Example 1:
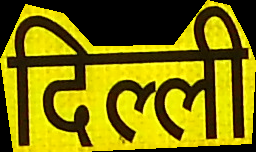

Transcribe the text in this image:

दिल्ली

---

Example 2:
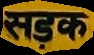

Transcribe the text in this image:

सड़क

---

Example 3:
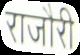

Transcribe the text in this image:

राजौरी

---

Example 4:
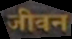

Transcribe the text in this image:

जीवन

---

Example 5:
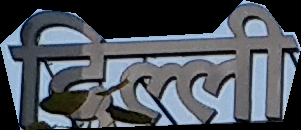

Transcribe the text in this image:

दिल्ली